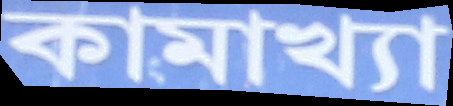
কামাখ্যা